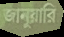
জানুয়ারি